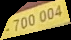
-700004